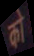
को